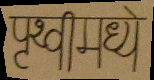
पृथ्वीमध्ये